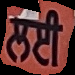
ਲਈ